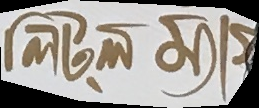
লিট্ল ম্যা